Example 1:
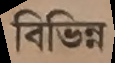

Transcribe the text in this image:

বিভিন্ন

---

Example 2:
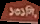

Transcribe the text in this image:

১০১লি,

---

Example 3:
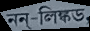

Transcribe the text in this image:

নন্-লিঙ্কড,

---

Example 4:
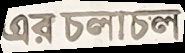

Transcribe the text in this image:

এরচলাচল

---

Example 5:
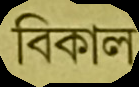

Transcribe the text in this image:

বিকাল